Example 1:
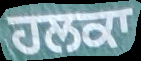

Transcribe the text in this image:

ਹਲਕਾ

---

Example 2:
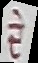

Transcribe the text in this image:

ਦੇ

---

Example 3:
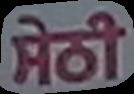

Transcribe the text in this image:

ਸੇਠੀ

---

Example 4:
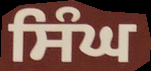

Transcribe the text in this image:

ਸਿੰਘ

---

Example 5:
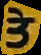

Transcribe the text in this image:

ਤੇ